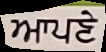
ਆਪਣੇ